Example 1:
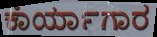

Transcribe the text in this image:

ಕಾರ್ಯಾಗಾರ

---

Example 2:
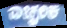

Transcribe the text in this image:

ವಿಚ್ಚಲಕ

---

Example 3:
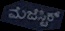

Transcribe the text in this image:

ಮಜೆಸ್ಟಿಕ್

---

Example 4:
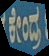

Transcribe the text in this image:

ಕೇಂದ್ರ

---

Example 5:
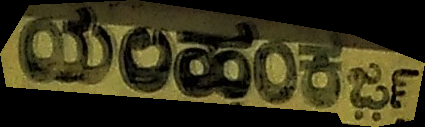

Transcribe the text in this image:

ಯಲಹಂಕರ್ಜ಼